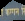
फग्गन सिं